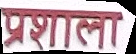
प्रशाला